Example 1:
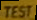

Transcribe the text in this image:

TEST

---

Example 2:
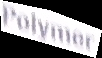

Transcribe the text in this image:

Polymer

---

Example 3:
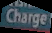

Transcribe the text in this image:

Charge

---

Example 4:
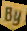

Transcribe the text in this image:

By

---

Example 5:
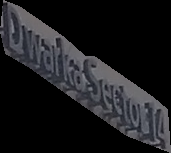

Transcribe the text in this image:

DwarkaSector14